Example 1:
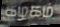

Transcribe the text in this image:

கழகம்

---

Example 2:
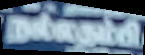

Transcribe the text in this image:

நல்லதம்பி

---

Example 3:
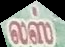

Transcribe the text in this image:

லஸ்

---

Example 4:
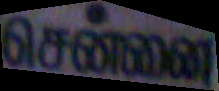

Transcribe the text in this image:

சென்லன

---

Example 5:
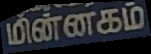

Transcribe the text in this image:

மின்னகம்